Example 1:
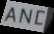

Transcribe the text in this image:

AND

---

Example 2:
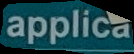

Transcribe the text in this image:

applica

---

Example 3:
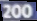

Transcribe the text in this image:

200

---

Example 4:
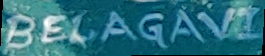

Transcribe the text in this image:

BELAGAVI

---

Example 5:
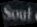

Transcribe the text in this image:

Soul